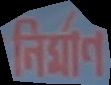
নিৰ্মাণ